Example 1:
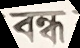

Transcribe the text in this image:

বন্ধ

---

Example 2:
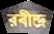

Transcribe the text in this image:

রবীন্দ্র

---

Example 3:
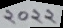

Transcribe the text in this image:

২০২২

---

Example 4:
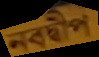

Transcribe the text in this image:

নবদ্বীপ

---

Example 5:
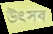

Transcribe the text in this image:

উৎসব